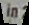
in